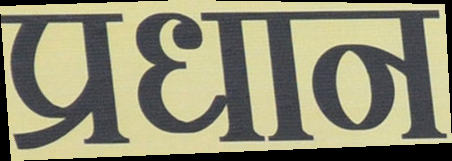
प्रधान